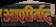
आशीर्वाद